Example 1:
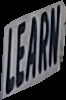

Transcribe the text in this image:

LEARN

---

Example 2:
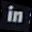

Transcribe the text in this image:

in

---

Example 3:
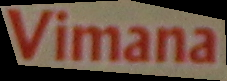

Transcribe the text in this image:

Vimana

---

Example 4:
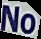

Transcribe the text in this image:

No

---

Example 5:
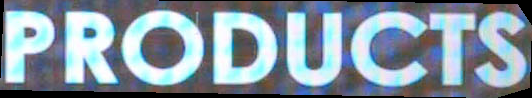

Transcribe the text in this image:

PRODUCTS